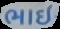
ભાઇ